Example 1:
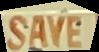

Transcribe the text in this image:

SAVE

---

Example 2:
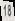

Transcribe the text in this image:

18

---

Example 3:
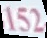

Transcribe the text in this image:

152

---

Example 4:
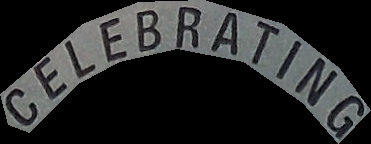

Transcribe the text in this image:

CELEBRATING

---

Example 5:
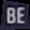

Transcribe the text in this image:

BE